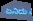
ಏನಿದು